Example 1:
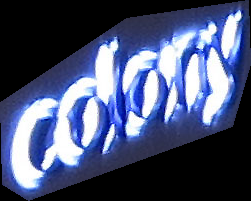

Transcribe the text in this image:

colony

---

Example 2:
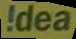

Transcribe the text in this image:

!dea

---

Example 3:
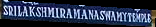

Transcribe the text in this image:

SRILAKSHMIRAMANASWAMYTEMPLE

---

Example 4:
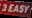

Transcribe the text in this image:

3EASY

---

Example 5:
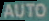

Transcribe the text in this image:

AUTO